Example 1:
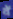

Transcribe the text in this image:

वें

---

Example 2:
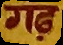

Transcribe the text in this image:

गढ़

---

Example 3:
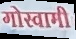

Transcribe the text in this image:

गोस्वामी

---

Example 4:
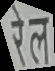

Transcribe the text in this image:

रेल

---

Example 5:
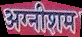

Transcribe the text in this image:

अग्नीशम